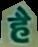
है